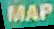
MAP